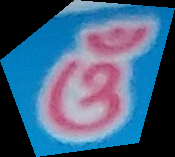
ଓଁ